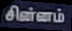
சின்னம்